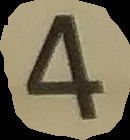
4